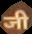
जी